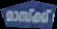
മാസ്‌ക്ക്